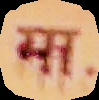
मा.